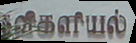
விகளியல்